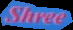
Shree